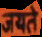
जयते